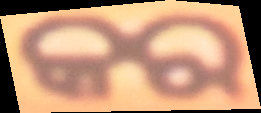
କର